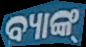
ବ୍ୟାଙ୍କ୍